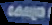
ക്ഷേത്ര